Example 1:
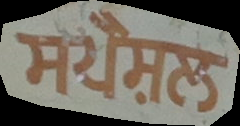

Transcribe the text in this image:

ਸਪੈਸ਼ਲ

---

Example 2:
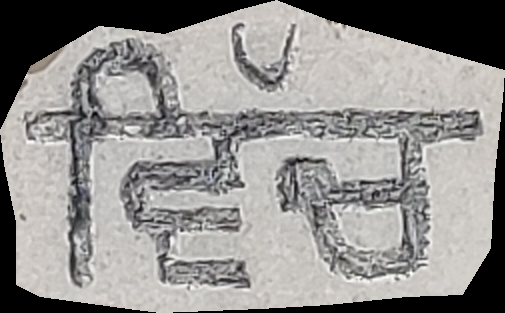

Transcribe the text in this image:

ਵਿੱਚ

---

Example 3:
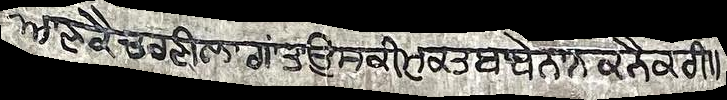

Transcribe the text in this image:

ਆਣਕੈਚਰਣੀਲਾਗਾਂਤਉਸਕੀਮੁਕਤਬਾਬੇਨਾਨਕਨੈਕਗੀ॥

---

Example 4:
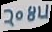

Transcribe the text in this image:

੨੦੪੫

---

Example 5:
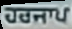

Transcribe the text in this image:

ਹਰਜਾਪ